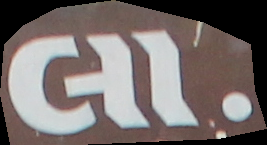
લા.